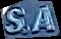
S.A